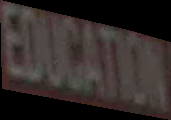
EDUCATION